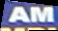
AM